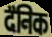
दैनिक